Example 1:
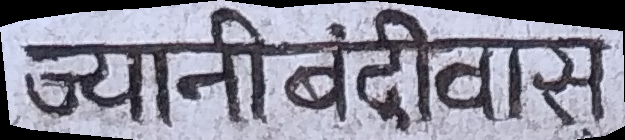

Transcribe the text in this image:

ज्यानीबंदीवास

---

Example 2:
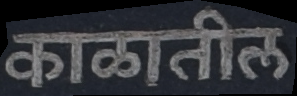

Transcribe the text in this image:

काळातील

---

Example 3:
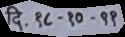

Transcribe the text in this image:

दि.१८-१०-१९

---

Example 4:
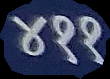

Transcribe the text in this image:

४११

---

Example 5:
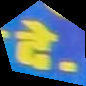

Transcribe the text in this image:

दे.